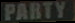
PARTY